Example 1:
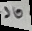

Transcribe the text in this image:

১৩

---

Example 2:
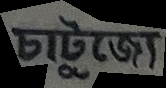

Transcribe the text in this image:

চাটুজো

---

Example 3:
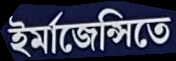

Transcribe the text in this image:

ইর্মাজেন্সিতে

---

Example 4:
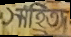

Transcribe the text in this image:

সাহিত্য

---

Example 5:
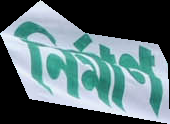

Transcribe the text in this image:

নির্মাণ